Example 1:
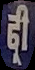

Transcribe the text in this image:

ਫूੀ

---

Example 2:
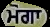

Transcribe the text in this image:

ਮੋਗਾ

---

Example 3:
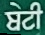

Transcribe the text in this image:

ਬੇਟੀ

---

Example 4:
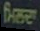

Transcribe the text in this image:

ਮਿਲਦਾ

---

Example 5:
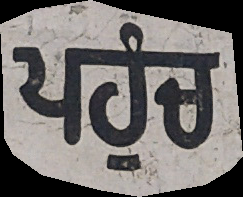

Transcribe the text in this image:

ਪਹੁੰਚ